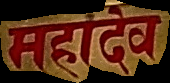
महादेव